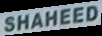
SHAHEED